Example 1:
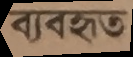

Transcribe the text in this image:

ব্যবহৃত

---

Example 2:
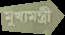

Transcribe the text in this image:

মুখ্যমন্ত্রী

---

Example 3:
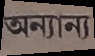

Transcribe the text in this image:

অন্যান্য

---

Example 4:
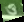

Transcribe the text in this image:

ও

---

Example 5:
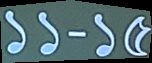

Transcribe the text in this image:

১১-১৫